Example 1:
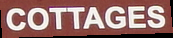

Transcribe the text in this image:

COTTAGES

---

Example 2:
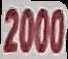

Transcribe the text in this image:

2000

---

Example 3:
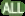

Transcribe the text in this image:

ALL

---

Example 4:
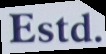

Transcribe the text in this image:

Estd.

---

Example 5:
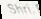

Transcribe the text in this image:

Shri.